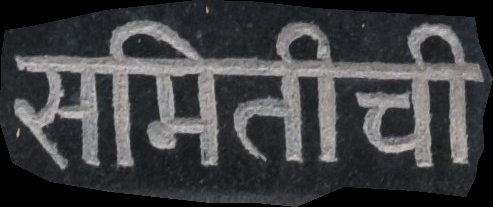
समितीची